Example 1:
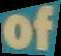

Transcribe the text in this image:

of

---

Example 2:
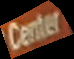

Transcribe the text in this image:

Center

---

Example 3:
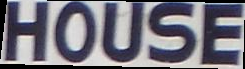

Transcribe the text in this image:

HOUSE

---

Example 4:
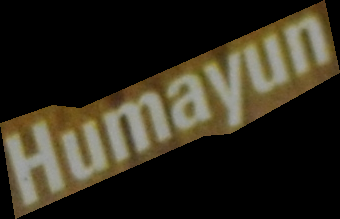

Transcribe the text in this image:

Humayun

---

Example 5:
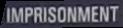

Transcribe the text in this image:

IMPRISONMENT